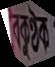
বকুণ্ঠক